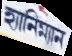
হ্যানিম্যান